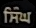
ਸਿੰਘ